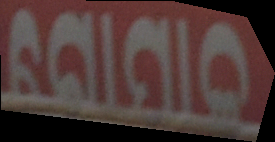
ଗୋପାଳ